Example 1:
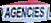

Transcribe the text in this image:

AGENCIES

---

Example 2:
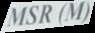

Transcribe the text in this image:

MSR(M)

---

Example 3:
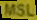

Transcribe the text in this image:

MSL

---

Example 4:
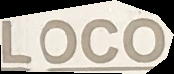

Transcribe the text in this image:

LOCO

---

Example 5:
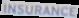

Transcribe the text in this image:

INSURANCE